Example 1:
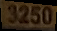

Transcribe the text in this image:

3250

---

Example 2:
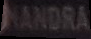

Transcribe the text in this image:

NANDRA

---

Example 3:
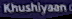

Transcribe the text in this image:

Khushiyaan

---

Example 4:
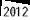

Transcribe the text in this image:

2012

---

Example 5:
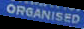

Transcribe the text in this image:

ORGANISED